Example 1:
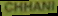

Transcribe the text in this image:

CHHANI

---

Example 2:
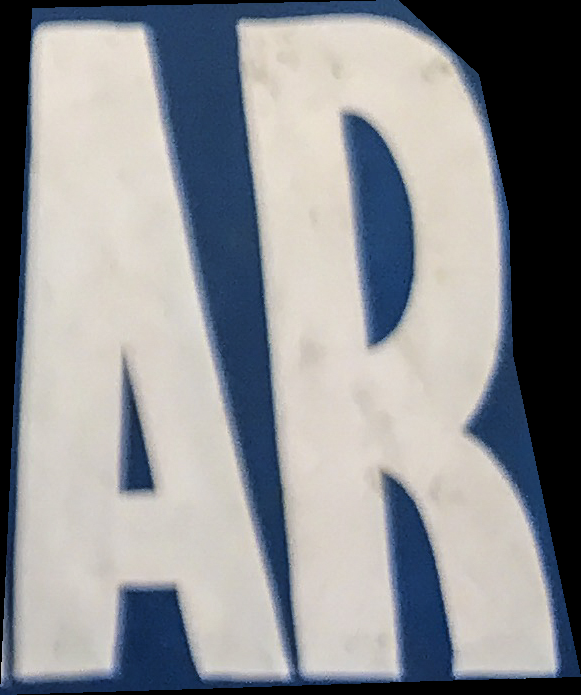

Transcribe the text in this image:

AR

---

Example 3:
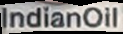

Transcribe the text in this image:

IndianOil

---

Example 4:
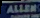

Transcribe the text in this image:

ALLEN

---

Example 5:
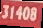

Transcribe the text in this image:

31408